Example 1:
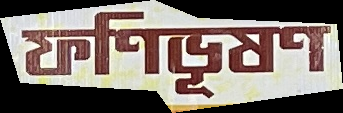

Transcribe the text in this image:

ফণিভূষণ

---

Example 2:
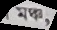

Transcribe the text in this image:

মঞ্চ,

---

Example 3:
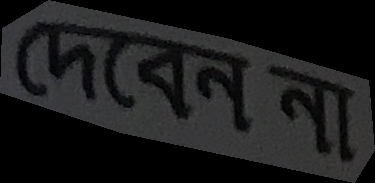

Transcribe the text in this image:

দেবেন না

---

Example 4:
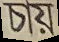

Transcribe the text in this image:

চায়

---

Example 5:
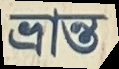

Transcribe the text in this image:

ভ্রান্ত